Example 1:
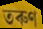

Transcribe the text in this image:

তৰুণ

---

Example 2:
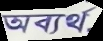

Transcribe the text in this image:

অব্যৰ্থ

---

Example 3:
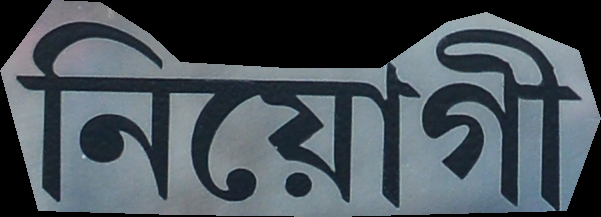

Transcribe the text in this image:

নিয়োগী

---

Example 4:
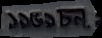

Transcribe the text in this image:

১৯৫৯ চন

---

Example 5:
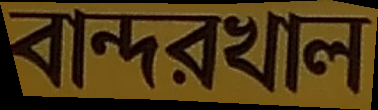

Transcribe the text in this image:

বান্দরখাল